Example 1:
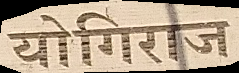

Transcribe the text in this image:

योगिराज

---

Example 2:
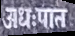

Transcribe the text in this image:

अधःपात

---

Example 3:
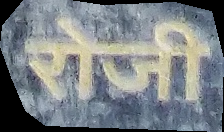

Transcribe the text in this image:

रोजी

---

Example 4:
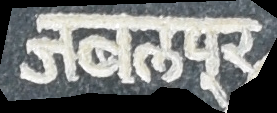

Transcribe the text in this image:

जबलपूर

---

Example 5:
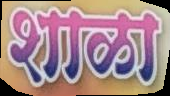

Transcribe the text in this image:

शाळा